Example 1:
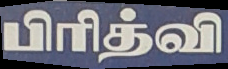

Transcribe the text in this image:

பிாித்வி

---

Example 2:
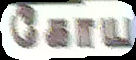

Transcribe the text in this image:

கோய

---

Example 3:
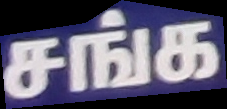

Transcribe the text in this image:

சங்க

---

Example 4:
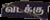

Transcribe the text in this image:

வடக்கு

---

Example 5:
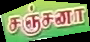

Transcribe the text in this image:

சஞ்சனா